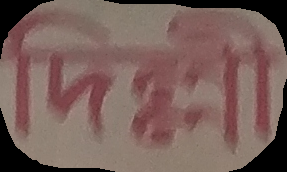
দিল্লী